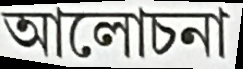
আলোচনা